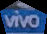
vivo